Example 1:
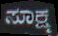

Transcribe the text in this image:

ಸೂಕ್ಷ್ಯ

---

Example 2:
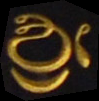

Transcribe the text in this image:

ಶ್ರೀ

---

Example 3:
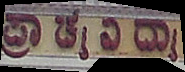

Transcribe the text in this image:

ಪ್ರಾಚ್ಯವಿ ದ್ಯಾ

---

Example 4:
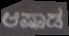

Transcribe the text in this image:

ಆಷಾಡ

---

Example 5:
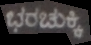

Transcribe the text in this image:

ಭರಚುಕ್ಕಿ